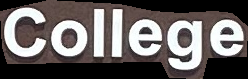
College